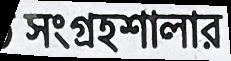
টসংগ্রহশালার